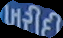
ખરીદદી